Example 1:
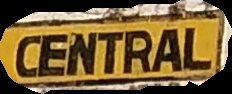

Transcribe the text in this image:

CENTRAL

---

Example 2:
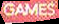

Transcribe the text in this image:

GAMES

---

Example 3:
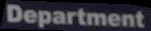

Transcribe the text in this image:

Department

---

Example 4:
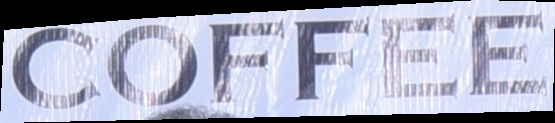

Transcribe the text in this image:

COFFEE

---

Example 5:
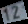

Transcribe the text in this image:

12